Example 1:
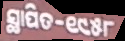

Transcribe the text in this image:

ସ୍ଥାପିତ-୧୯୫୮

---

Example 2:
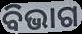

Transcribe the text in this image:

ବିଭାଗ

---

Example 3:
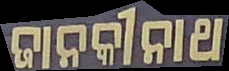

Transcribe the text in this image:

ଜାନକୀନାଥ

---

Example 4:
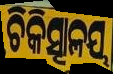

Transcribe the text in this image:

ଚିକିତ୍ସାଳୟ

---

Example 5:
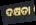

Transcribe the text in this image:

ଦକ୍ଷତା